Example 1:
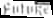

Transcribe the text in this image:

FutuRe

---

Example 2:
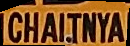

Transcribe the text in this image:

CHAI.TNYA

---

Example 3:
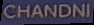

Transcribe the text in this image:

CHANDNI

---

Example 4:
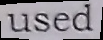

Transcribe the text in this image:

used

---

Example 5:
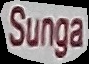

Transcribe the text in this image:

Sunga